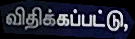
விதிக்கப்பட்டு,